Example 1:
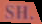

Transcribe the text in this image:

SH.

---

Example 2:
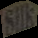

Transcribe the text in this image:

Silk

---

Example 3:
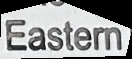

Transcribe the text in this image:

Eastern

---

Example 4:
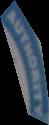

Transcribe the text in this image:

AUTHORITY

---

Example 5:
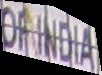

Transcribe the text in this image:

ORINDIA